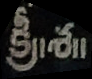
క్రీ॥శ॥